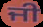
ਜੀ